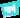
मार्ग